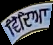
ਵਿੱਦਿਆ